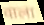
वाला